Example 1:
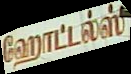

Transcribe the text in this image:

ஹோட்டல்ஸ்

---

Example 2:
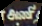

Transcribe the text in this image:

அணி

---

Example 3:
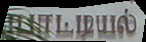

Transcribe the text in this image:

பாடடியல்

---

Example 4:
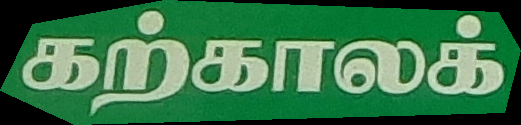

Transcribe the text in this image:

கற்காலக்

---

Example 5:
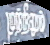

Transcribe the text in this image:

முற்றிறம்